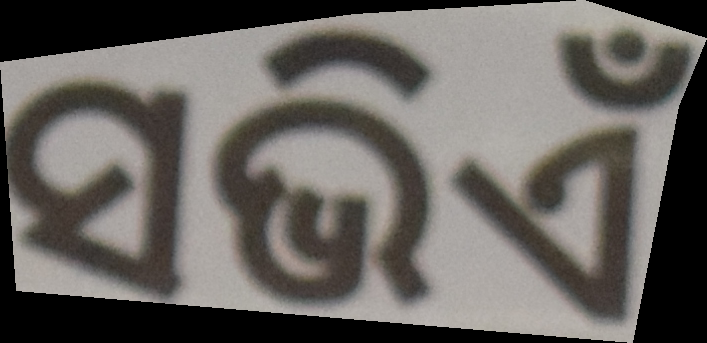
ସଭିଏଁ